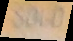
sold